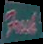
Fresh